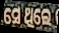
ସେ ଥିଲେ